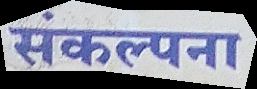
संकल्पना